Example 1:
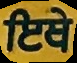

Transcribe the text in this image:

ਇਥੇ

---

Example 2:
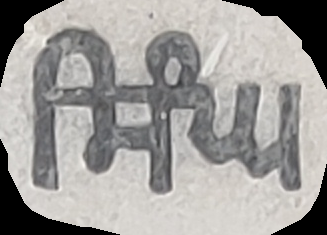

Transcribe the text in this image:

ਸਿੰਘ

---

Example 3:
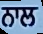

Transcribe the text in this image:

ਨਾਲ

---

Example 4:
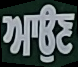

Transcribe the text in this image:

ਆਉਣ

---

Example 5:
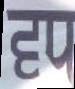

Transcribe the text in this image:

ਵਧ